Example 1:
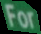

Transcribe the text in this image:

६०ा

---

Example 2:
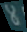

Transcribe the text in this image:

४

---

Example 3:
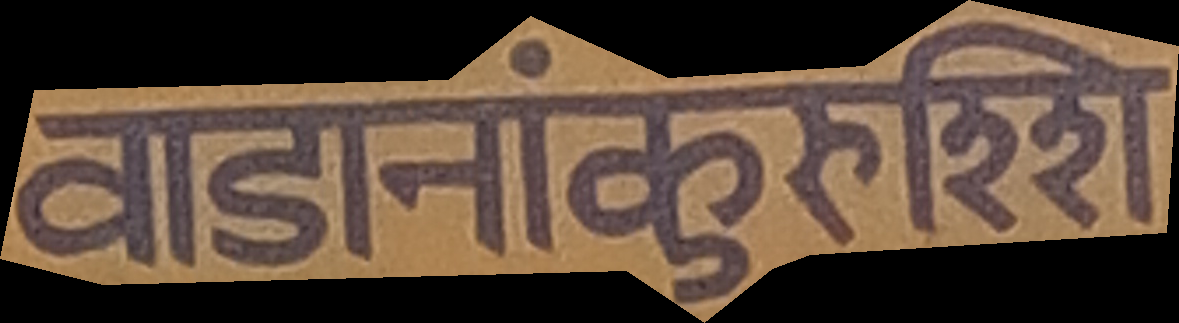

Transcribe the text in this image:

वाडानांकुरुश्शि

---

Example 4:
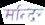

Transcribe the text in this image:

मन्दिर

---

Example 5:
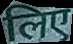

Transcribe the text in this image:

लिए